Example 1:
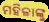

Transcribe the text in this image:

ମହିଳାଙ୍କୁ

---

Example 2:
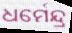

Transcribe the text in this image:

ଧର୍ମେନ୍ଦ୍ର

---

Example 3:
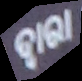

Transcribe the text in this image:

ଦ୍ବାରା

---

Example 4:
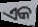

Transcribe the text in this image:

ଏକ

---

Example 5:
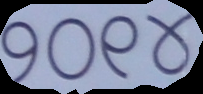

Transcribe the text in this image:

୨୦୧୪